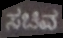
ಸಚಿವ